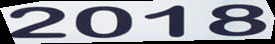
2018